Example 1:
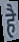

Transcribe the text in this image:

है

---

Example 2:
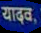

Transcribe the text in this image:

यादव,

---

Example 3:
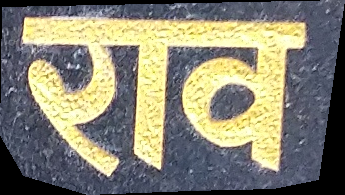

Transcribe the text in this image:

राव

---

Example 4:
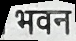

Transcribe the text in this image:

भवन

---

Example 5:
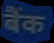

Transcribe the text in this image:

बैंक